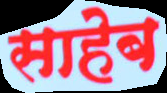
साहेब